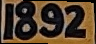
1892